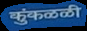
कुंकळळी